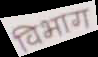
विभाग